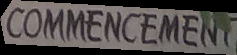
COMMENCEMENT